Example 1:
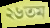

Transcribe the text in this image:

২৬তম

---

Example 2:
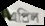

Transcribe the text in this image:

এপ্রিল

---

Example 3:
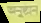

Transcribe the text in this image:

অনুষ্ঠান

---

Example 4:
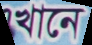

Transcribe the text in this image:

খানে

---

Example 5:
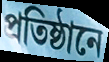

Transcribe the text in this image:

প্রতিষ্ঠানে